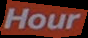
Hour